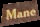
Mane